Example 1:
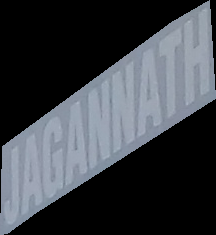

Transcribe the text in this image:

JAGANNATH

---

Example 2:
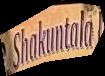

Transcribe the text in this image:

Shakuntala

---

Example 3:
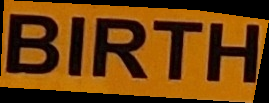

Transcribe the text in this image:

BIRTH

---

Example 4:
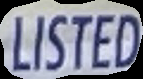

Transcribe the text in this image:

LISTED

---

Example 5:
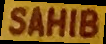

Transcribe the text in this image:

SAHIB